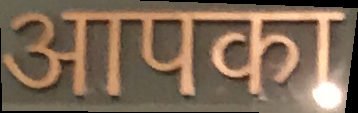
आपका